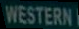
WESTERN